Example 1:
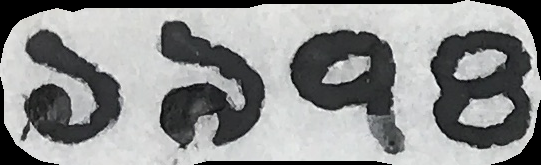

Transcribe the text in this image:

১ঌ৭৪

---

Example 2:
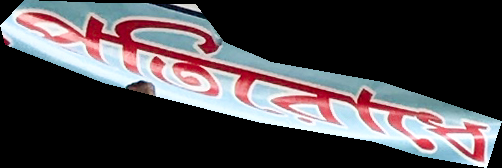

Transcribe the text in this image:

পতিরোধে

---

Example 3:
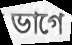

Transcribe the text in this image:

ভাগে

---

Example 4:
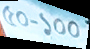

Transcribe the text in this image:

৫০-১০০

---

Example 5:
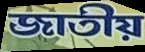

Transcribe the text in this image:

জাতীয়